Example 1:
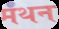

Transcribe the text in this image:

मंथन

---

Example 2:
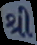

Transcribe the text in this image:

श्री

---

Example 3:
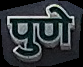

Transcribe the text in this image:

पुणे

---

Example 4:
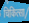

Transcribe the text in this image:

चिकित्सा/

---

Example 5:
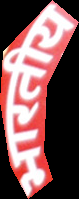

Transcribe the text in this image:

भारतीय